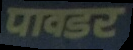
पावडर